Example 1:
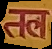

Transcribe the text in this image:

तल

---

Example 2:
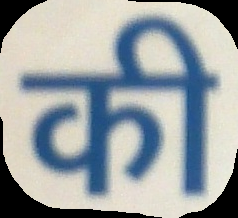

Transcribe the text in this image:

की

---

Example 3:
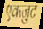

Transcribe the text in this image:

एकज़ुट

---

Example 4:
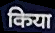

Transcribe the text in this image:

किया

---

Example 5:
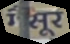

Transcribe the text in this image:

मैसूर